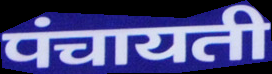
पंचायती